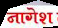
नागेश